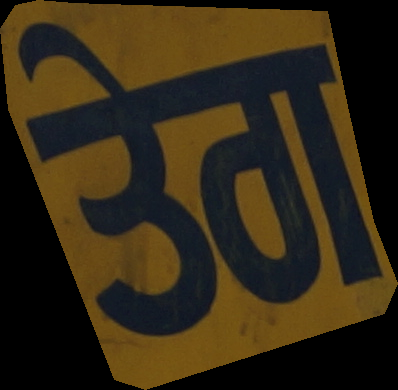
ਤੇਗ